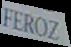
FEROZ